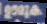
ഊരുക